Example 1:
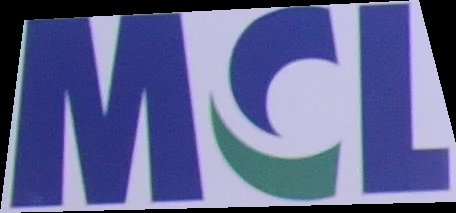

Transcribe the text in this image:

MCL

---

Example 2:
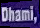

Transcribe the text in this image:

Dhami,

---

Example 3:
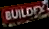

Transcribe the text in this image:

BUILDEX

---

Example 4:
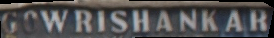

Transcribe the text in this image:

GOWRISHANKAR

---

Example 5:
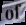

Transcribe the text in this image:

of